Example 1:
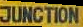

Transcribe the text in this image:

JUNCTION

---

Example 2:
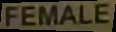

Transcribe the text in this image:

FEMALE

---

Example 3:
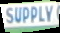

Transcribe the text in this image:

SUPPLY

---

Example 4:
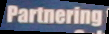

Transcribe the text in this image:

Partnering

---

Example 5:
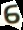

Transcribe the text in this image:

6